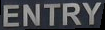
ENTRY